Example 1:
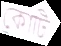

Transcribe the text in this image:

কোটি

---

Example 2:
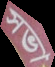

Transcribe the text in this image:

সভা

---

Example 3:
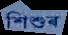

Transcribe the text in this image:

শিশুৰ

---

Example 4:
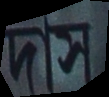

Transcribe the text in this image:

দাস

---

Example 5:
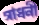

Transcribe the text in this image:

সাধনী